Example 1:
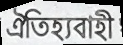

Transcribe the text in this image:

ঐতিহ্যবাহী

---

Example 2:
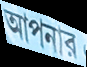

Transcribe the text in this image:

আপনার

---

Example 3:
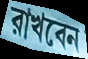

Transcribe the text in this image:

রাখবেন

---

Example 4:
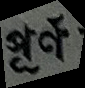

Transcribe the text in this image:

পূর্ণ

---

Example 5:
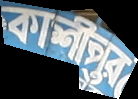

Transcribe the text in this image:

কাশিপুর